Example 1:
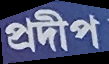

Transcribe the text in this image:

প্রদীপ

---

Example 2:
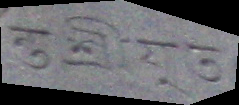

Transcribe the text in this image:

শুশ্রীযুত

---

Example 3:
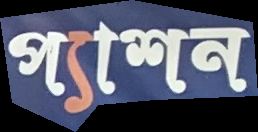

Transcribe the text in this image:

প্যাশন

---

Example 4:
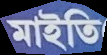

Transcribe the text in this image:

মাইতি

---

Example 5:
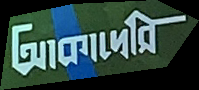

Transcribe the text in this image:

আমাদেরি